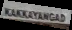
KAKKAYANGAD